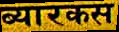
ब्यारकस